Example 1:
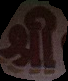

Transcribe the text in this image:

શ્રી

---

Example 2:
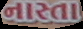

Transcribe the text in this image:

નાસ્તા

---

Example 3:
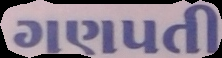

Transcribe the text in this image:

ગણપતી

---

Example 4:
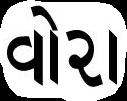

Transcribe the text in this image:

વોરા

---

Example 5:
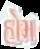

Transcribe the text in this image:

હોમ